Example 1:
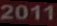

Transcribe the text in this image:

2011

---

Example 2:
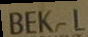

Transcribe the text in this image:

BEK-L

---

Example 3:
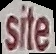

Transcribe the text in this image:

site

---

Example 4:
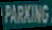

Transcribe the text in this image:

PARKING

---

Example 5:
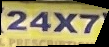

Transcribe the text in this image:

24X7